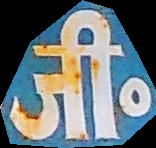
जी.